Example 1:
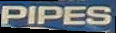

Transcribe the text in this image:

PIPES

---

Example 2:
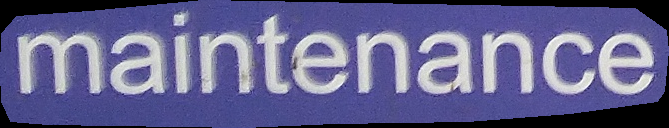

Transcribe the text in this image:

maintenance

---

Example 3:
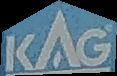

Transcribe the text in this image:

KAG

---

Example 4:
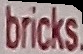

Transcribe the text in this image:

bricks.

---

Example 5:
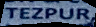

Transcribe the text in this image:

TEZPUR